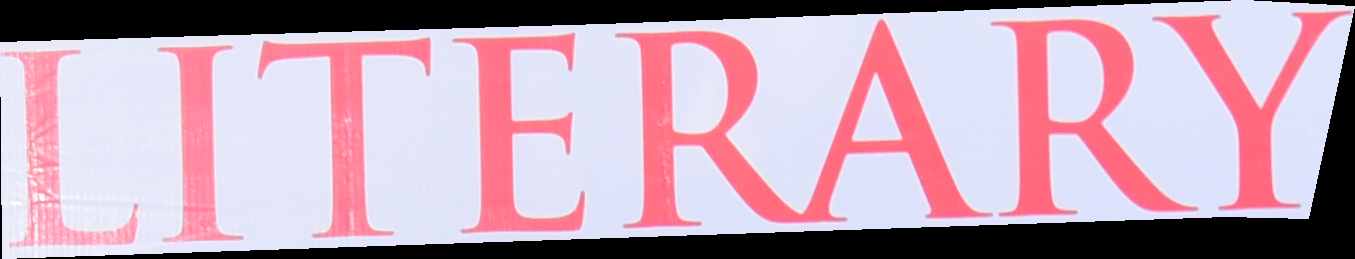
LITERARY